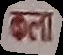
कला